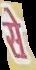
से